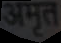
अमृत